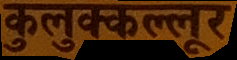
कुलुक्कल्लूर